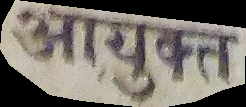
आयुक्त